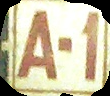
A-1